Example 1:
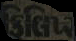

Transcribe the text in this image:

ફિલિપ્સ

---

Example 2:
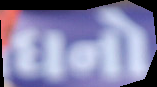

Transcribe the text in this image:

ઘનો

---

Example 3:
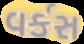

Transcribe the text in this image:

વર્કસ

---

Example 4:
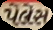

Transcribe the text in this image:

પેલેસ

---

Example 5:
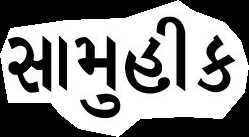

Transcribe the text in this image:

સામુહીક